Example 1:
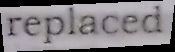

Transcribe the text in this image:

replaced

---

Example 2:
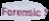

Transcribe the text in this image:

Forensic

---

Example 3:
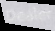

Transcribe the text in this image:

Dealer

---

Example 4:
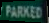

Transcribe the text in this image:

PARKED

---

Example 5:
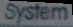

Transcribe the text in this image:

System